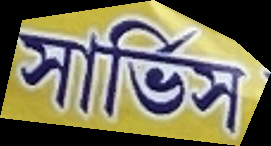
সার্ভিস